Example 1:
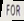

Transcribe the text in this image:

FOR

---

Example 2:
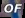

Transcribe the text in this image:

OF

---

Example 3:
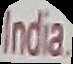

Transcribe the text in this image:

India.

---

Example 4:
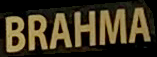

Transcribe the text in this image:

BRAHMA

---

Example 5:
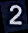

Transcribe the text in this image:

2